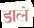
डाले